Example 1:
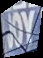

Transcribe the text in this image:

JOY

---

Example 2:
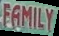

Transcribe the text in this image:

FAMILY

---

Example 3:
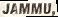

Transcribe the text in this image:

JAMMU,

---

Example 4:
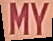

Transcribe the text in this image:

MY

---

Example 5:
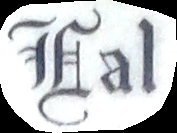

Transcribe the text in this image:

Hal